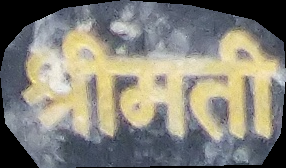
श्रीमती